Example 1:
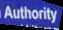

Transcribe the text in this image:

Authority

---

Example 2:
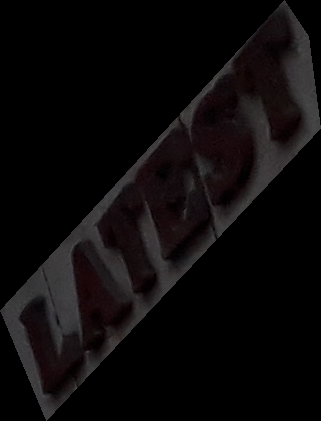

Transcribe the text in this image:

LATEST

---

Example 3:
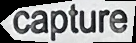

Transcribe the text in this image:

capture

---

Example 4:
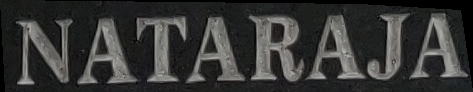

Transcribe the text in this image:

NATARAJA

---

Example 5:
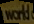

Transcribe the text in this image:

world